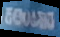
ಕಲಂಬಾರ